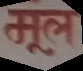
मूल